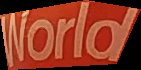
World